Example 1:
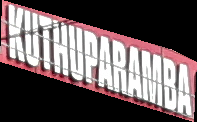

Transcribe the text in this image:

KUTHUPARAMBA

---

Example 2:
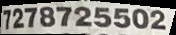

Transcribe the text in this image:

7278725502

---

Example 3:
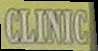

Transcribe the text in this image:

CLINIC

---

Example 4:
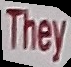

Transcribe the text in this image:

They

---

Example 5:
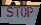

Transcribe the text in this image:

STOP